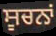
ਸੂਰਨਾਂ